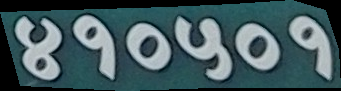
४१०५०१